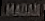
MADAM